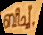
ബീച്ച്.